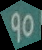
१०